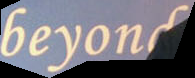
beyon